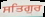
ਸਤਿਗੁਰ